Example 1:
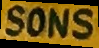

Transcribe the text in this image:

SONS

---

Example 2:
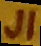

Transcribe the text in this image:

JI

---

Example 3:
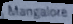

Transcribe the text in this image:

Mangalore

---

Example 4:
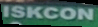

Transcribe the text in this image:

ISKCON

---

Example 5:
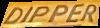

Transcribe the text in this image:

DIPPER